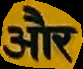
और